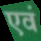
एवं